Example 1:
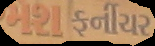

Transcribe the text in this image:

મેશ ફર્નીયર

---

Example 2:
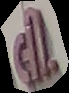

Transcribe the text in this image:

લી.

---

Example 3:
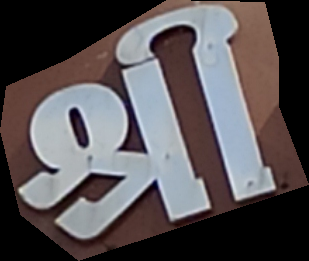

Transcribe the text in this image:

શ્રી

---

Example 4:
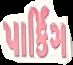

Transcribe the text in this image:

પાર્કિગ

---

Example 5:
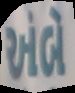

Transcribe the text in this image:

અંબે